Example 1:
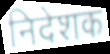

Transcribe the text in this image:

निदेशक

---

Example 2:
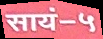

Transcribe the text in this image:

सायं-५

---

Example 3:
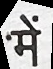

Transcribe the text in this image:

में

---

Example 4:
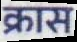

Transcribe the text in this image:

क्रास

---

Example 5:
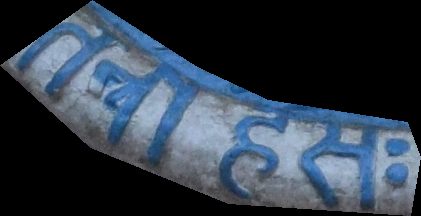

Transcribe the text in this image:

तत्राहस: